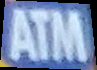
ATM